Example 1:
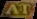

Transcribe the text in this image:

AT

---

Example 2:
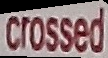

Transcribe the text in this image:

crossed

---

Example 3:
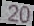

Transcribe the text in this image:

20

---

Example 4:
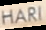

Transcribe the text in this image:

HARI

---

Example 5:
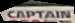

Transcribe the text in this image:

CAPTAIN